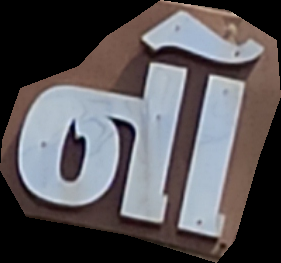
નો